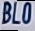
BLO